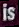
is